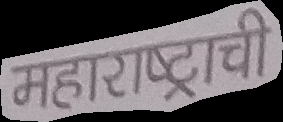
महाराष्ट्राची